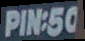
PIN:50